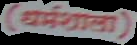
(धर्मशाला)